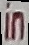
in